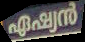
ഏഷ്യൻ